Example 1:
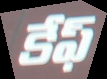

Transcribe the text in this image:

కేఫ్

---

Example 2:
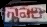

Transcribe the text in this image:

స్తవరి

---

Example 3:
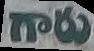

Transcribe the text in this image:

గారు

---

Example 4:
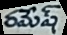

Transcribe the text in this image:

రమేష్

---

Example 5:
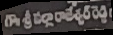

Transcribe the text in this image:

గౌ శ్రీ పల్లా రాజేశ్వర్ రెడ్డి